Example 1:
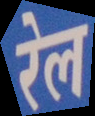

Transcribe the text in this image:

रेल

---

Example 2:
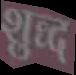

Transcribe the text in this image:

शुध्द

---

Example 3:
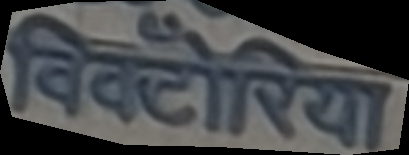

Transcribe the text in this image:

विक्टोरिया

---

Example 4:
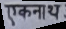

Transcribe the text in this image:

एकनाथ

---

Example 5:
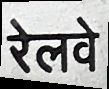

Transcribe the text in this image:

रेलवे